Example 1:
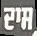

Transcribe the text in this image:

ਦਾਸ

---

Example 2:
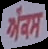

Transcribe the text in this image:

ਐਕਸ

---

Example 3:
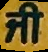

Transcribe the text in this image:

ਜੀ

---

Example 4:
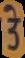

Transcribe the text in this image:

ਤੇ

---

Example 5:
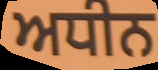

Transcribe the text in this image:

ਅਧੀਨ